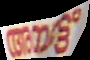
അറവാട്ട഼